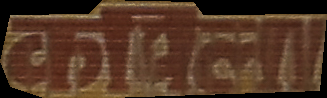
कपिला